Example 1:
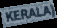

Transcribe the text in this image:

KERALA)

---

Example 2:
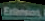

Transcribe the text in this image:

Extersion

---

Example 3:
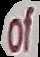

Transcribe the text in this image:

of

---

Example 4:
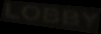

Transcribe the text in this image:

LOBBY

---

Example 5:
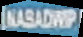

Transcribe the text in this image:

NASADWIP